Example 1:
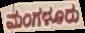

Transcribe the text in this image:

ಮಂಗಳೂರು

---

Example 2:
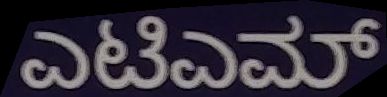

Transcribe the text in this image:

ಎಟಿಎಮ್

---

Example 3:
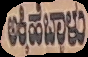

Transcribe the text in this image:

ಅಕ್ಕಿಹೆಬ್ಬಾಳು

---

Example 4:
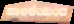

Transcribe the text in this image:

ಪಾಲಕೆಯಿಂದ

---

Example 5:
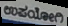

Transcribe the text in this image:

ಉಪಯೋಗಿ